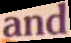
and